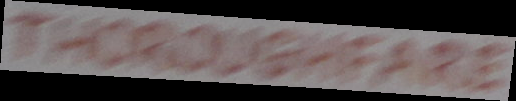
THOROUGHFARE